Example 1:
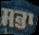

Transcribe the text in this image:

ਸਭਾ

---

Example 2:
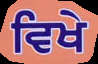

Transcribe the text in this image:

ਵਿਖੇ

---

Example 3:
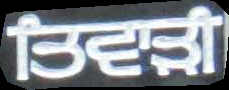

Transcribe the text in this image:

ਤਿਵਾੜੀ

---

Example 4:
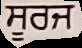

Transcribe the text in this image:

ਸੂਰਜ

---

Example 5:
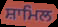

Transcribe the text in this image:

ਸ਼ਾਮਿਲ